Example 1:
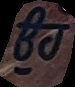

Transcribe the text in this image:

ਉੁਹ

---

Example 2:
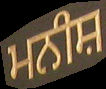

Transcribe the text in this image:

ਮਨੀਸ਼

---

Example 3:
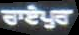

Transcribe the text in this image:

ਰਾਏਪੁਰ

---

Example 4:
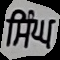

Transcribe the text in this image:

ਸਿੰਘ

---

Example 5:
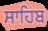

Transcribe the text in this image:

ਸਾਹਿਬ